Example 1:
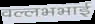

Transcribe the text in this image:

वल्लभभाई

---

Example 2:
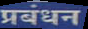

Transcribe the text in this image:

प्रबंधन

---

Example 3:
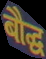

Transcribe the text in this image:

बौद्घ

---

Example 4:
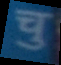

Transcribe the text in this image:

चु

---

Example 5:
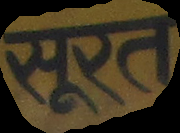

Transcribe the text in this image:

सूरत